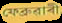
ফেব্রুরাধী